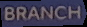
BRANCH